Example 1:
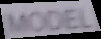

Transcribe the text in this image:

MODEL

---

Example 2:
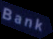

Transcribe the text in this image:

Bank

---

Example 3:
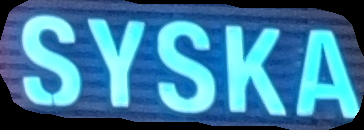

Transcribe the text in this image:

SYSKA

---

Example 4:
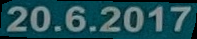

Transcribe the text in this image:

20.6.2017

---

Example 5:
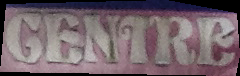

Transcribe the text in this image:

CENTRE